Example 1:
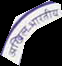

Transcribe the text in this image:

अखिल-भारतीय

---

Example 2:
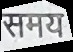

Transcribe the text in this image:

समय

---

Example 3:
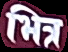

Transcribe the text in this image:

भित्र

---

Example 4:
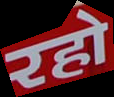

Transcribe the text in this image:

रहो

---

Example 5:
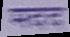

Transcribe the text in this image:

मदद